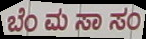
ಬೆಂಮಸಾಸಂ